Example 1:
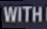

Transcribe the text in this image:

WITH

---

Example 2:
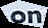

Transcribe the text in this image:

on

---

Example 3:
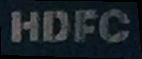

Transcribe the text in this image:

HDFC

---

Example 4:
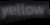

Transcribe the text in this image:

yellow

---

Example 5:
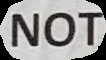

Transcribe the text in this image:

NOT